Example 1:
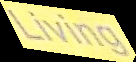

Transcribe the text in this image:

Living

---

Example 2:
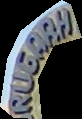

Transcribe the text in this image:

RUGARH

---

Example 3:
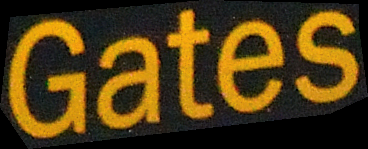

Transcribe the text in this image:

Gates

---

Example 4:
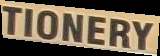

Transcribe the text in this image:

TIONERY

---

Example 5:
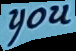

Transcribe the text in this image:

you